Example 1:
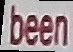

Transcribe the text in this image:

been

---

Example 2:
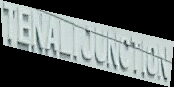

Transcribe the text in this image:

TENALIOURCTION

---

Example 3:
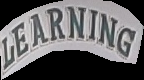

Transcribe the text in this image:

LEARNING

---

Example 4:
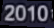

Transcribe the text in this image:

2010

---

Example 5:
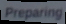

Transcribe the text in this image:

Preparing